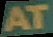
AT